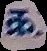
क्र.